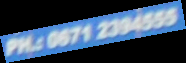
PH::06712394555